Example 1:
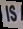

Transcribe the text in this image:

IS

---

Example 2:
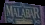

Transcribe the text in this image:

MALABAR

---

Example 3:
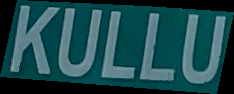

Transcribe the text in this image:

KULLU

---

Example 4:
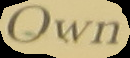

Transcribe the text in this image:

Own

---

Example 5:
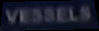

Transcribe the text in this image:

VESSELS